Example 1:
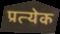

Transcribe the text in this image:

प्रत्येक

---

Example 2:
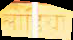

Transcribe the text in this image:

लोहिया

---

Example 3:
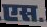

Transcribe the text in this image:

एस.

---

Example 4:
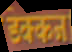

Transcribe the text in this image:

डेक्कन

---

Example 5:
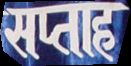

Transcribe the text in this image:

सप्ताह